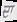
ਦਾ